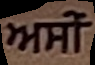
ਅਸੀਂ